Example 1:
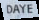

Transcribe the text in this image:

DAYE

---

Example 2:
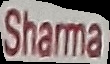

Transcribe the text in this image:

Sharma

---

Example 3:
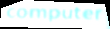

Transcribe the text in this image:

computer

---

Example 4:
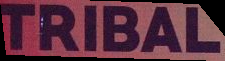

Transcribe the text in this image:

TRIBAL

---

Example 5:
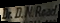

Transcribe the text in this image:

Dr.D.N.Read